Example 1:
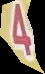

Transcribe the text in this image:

4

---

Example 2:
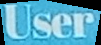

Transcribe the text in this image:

User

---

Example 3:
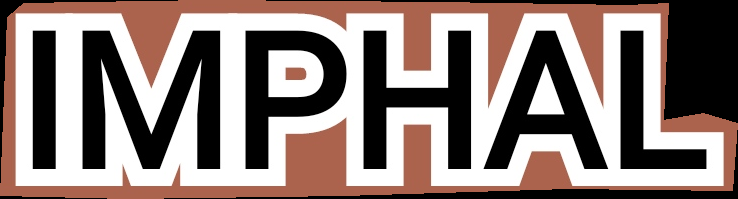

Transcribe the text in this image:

IMPHAL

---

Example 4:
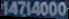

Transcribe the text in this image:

14714000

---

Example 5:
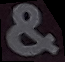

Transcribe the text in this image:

&